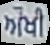
ਔਖੀ